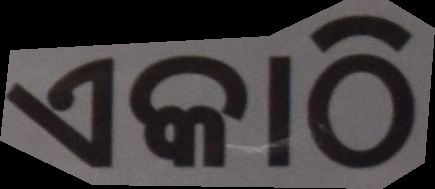
ଏକାଠି